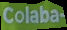
Colaba-